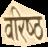
वरिष्ठ